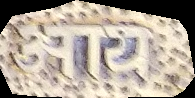
आय